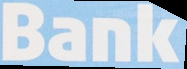
Bank